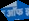
ऑफ